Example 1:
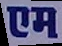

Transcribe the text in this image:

एम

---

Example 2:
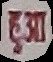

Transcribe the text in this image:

हुआ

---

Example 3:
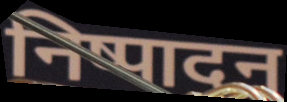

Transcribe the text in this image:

निष्‍पादन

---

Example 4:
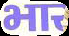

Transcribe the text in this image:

भार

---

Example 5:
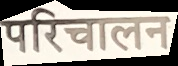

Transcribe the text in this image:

परिचालन